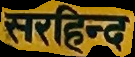
सरहिन्द